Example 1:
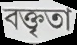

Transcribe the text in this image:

বক্তৃতা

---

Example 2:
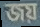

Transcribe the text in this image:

জয়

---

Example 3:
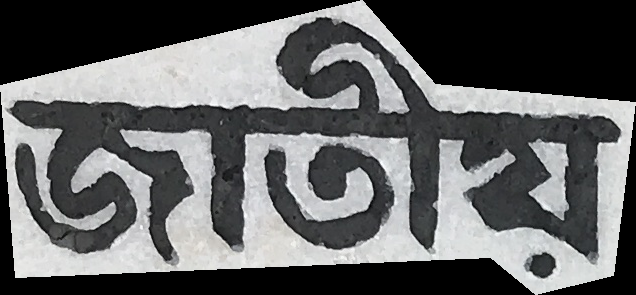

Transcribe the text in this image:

জাতীয়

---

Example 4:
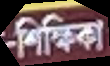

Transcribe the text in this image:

-শিক্ষিকা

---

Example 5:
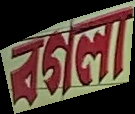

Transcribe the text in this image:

বগলা